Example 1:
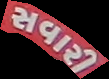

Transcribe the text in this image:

सवारी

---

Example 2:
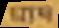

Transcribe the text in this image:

धाम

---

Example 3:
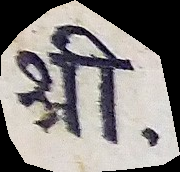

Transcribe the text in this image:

श्री.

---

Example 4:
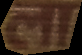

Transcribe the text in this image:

ला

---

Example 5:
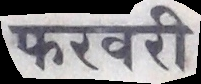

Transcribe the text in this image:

फरवरी